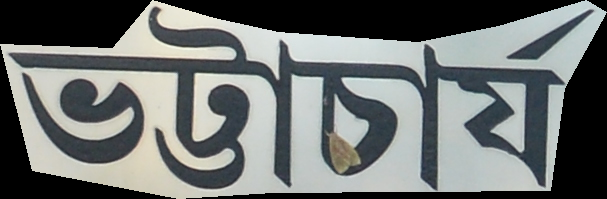
ভট্টাচার্য